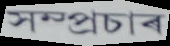
সম্প্ৰচাৰ